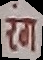
रंग